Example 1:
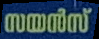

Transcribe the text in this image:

സയൻ‌സ്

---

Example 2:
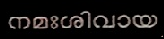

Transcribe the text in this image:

നമഃശിവായ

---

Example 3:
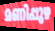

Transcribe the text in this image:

മണിപ്പുഴ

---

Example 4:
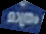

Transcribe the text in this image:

മാത്രം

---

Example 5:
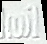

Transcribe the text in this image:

തി